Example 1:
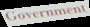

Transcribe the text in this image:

Government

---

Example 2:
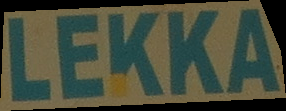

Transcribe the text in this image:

LEKKA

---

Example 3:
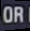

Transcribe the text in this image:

OR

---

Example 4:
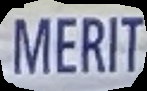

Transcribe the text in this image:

MERIT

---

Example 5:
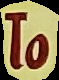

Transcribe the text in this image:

To